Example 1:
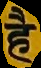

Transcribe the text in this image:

है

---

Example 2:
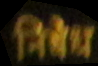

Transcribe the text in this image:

निषेध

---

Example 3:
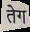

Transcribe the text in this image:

तेग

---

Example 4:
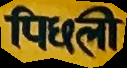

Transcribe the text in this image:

पिछली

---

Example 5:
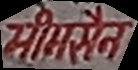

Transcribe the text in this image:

भीमसैन